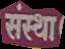
संस्था